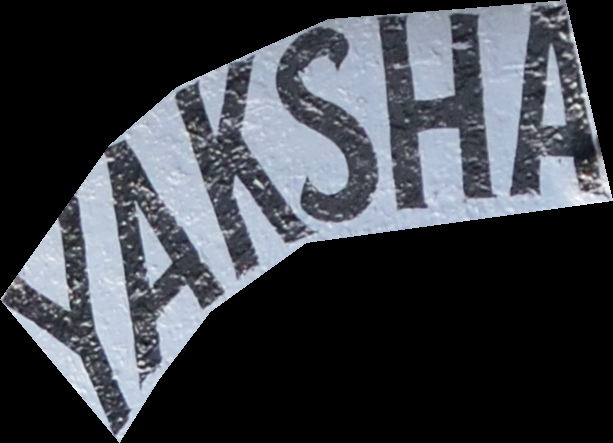
YAKSHA